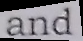
and